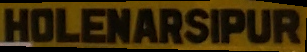
HOLENARSIPUR